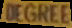
DEGREE